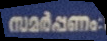
സമർപ്പണം